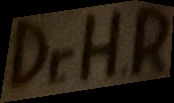
Dr.H.R